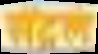
सेंट्रल